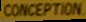
CONCEPTION